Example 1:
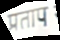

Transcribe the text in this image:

प्रताप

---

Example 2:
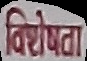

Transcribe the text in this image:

विशेषता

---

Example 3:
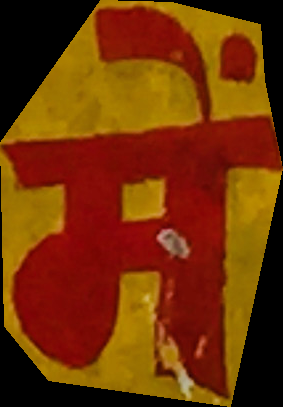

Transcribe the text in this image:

में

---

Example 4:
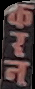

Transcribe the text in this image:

करन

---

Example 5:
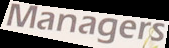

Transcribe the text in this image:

१॥२११२०१५